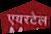
एयरटेल